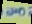
వారి